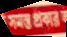
সমস্ত প্রকার